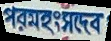
পরমহংসদেব